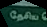
தேசிய